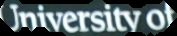
Universityof